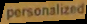
personalized